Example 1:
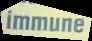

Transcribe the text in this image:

immune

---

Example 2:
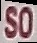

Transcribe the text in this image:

SO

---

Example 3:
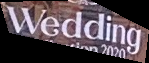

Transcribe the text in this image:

Wedding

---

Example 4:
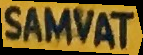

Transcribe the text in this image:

SAMVAT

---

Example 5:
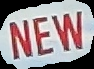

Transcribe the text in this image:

NEW